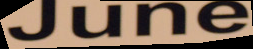
June